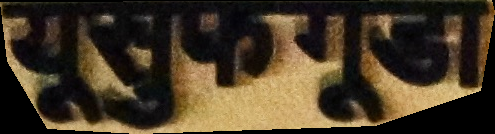
यूसुफगूडा